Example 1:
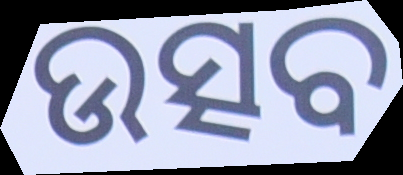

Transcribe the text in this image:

ଉତ୍ସବ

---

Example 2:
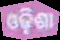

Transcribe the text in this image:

ଓଡ଼ିଶା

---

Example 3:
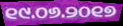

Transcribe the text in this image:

୧୯.୦୬.୨୦୧୭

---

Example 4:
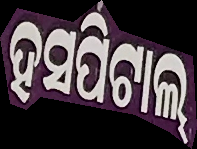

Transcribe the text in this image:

ହସପିଟାଲ୍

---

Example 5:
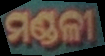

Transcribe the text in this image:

ମଣ୍ଡଳୀ